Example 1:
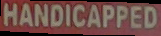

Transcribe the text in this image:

HANDICAPPED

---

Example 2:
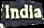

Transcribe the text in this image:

India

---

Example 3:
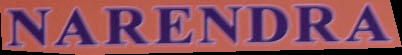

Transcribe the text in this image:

NARENDRA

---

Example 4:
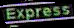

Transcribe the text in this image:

Express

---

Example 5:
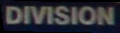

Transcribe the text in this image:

DIVISION